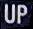
UP